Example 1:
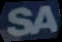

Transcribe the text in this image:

SA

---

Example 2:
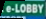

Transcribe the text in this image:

e-LOBBY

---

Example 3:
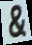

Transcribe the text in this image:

&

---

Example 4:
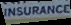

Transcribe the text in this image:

INSURANCE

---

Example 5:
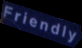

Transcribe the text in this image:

Friendly